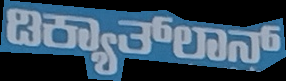
ಣಕ್ಯಾತ್ಉನ